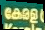
കേരള